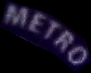
METRO